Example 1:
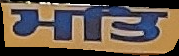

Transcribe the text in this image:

ਮਤਿ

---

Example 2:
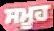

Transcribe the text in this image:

ਸਮੂਹ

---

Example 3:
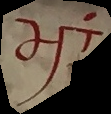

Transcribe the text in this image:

ਮਾਂ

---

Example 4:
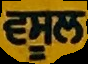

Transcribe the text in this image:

ਵਸੂਲ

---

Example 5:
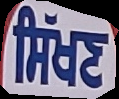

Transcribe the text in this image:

ਸਿੱਖਣ